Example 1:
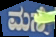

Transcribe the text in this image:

ಮ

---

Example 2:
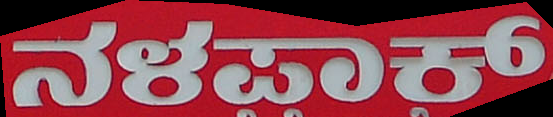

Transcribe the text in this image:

ನಳಪಾಕ್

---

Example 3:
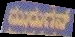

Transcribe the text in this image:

ಮುರುಗನ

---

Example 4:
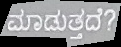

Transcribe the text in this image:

ಮಾಡುತ್ತದ?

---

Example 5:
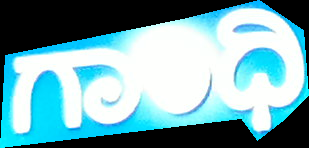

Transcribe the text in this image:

ಗಾಂಧಿ